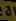
a